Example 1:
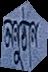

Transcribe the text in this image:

অনুষ্ঠান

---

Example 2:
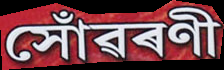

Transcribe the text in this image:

সোঁৱৰণী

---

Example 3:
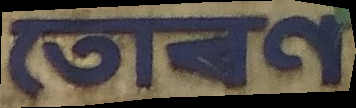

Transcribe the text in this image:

তোৰণ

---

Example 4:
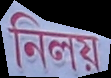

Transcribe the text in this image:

নিলয়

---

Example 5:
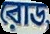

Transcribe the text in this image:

রোড